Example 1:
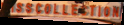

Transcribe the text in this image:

SSCOLLECTION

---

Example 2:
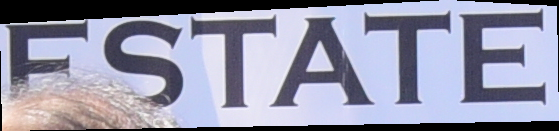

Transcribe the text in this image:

ESTATE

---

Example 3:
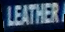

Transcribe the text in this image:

LEATHER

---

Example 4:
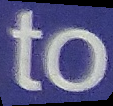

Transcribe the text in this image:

to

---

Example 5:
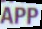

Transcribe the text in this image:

APP